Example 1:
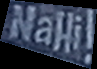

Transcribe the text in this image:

NaHi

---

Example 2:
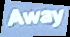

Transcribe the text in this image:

Away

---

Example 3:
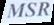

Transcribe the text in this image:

MSR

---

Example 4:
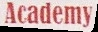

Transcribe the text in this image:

Academy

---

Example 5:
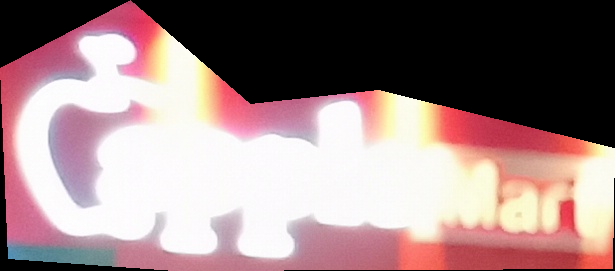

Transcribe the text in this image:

applemart